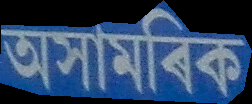
অসামৰিক